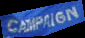
CAMPAIGN